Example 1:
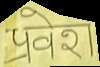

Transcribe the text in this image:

प्रवेश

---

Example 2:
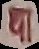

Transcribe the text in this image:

था़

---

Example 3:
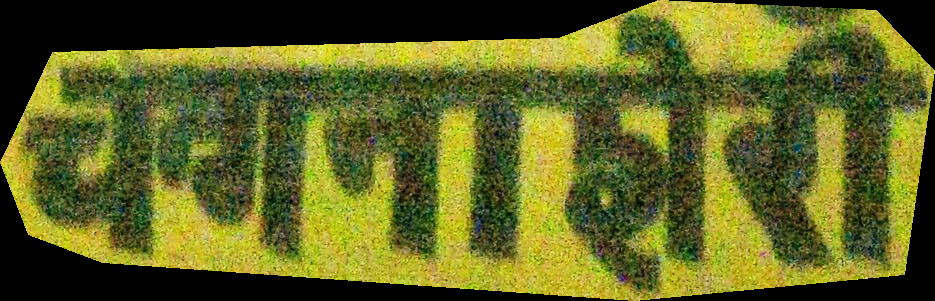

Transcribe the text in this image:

चन्गनशेरी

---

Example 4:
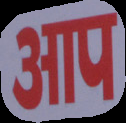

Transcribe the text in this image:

आप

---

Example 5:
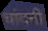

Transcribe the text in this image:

चांदनी